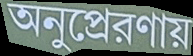
অনুপ্রেরণায়